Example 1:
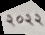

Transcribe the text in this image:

২০২২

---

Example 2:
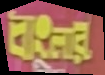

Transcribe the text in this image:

বাংলার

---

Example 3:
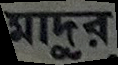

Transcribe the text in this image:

মাদুর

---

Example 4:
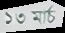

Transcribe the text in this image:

১৩মার্চ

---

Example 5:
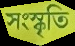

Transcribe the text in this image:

সংস্কৃতি